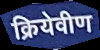
क्रियेवीण